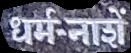
धर्म-नाशें